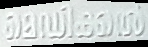
മെഡിക്കൽ